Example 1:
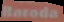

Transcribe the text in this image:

Baroda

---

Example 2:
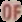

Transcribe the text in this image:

OF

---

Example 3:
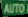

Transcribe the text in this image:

AUTO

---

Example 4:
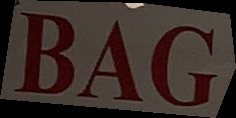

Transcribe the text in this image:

BAG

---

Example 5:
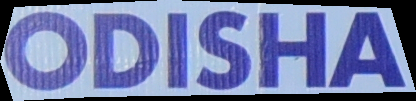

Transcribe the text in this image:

ODISHA